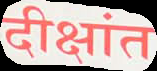
दीक्षांत